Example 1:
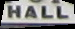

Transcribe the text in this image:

HALL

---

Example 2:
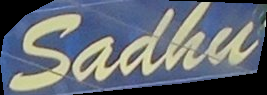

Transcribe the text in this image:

Sadhu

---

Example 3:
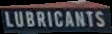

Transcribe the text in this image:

LUBRICANTS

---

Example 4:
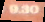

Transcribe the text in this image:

9.30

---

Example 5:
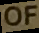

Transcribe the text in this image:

OF